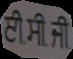
ਈ.ਸੀ.ਜੀ